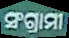
ସଂଗ୍ରାମୀ